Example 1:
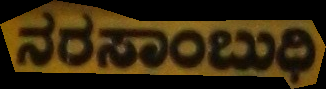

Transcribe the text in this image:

ನರಸಾಂಬುಧಿ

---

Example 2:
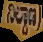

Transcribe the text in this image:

ನಿಲ್ದಾಣ)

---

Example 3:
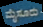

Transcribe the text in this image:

ಮೈಸೂರು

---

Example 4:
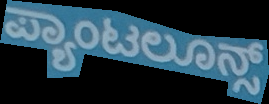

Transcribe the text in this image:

ಪ್ಯಾಂಟಲೂನ್ಸ್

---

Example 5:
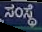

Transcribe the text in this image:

ಸಂಸ್ಥೆ